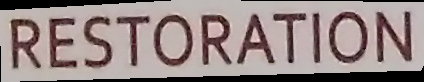
RESTORATION